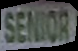
SENIOR